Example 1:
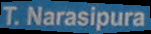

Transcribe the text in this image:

T.Narasipura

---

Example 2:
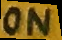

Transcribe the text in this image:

ON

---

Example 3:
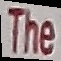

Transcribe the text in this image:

The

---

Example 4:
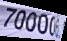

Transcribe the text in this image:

700006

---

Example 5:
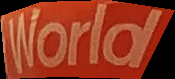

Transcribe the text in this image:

World